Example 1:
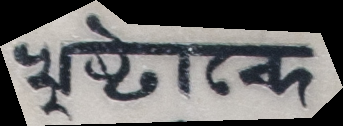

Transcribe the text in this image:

খৃষ্টাব্দে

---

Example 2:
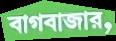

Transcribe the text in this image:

বাগবাজার,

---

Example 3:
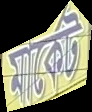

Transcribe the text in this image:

মার্কেট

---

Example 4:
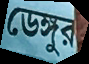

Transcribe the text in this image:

ডেঙ্গুর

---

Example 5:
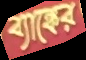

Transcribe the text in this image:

ব্যাঙ্কের